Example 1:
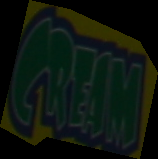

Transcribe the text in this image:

CREAM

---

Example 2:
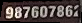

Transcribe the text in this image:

987607862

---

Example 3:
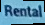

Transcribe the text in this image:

Rental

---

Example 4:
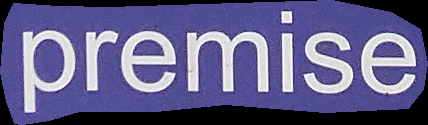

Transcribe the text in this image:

premise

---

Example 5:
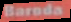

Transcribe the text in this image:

Baroda